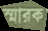
স্মারক